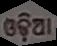
ଓଡ଼ିଆ